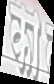
का